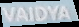
VAIDYA